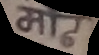
माढ